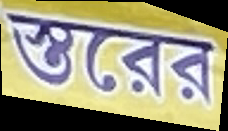
স্তরের